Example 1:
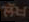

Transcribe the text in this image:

ਲ਼ੱਖ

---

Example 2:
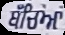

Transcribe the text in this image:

ਬੱਚਿਂਆਂ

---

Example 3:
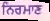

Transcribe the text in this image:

ਨਿਰਮਾਣ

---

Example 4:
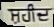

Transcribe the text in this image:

ਸ਼ਹੀਦ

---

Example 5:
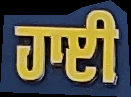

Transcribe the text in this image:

ਹਾਈ